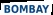
BOMBAY